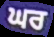
ਘਰ